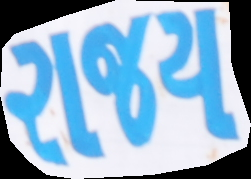
રાજય